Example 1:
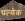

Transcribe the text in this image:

प्रत्येक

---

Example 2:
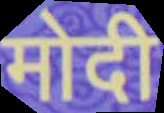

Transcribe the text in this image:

मोदी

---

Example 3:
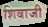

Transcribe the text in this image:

शिवाजी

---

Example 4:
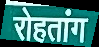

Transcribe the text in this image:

रोहतांग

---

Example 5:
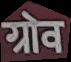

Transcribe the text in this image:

ग्रोव